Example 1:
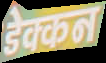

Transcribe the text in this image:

डेक्कन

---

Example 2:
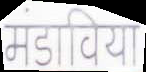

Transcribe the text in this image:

मंडाविया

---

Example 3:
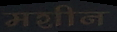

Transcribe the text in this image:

मशीन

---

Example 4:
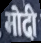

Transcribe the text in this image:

मोदी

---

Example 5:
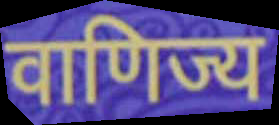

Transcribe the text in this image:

वाणिज्य